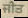
ਜੀਤ